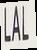
LAL